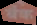
बैंक